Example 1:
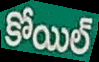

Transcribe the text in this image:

కోయిల్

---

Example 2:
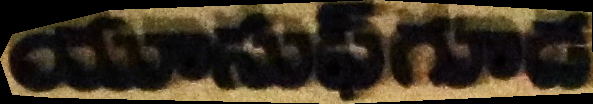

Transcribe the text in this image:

యూసుఫ్ గూడ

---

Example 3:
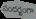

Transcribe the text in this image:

సందర్థంగా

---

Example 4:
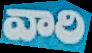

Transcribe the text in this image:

వారి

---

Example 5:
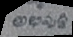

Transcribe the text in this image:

అభివుద్ది